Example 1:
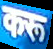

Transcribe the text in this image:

करू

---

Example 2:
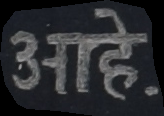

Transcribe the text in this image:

आहे.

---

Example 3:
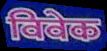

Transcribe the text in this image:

विवेक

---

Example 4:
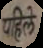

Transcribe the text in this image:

पहिले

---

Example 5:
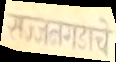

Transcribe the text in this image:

सज्जनगडाचे